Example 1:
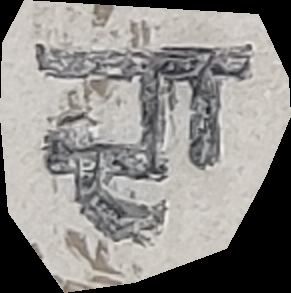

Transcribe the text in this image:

ਦਾ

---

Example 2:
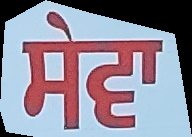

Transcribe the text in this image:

ਸੇਵਾ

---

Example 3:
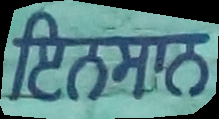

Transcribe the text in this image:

ਇਨਸਾਨ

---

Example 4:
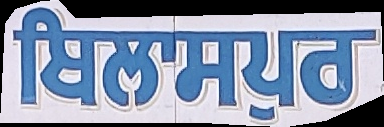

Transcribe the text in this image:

ਬਿਲਾਸਪਰ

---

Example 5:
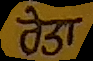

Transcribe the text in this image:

ਰੇਤਾ